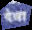
देवा